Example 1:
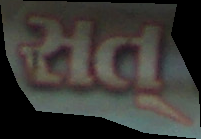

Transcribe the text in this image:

સત્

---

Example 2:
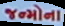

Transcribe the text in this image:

જન્મોના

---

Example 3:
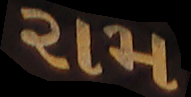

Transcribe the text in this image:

રામ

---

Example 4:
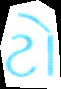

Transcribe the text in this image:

ટો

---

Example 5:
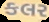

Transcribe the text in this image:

કલર